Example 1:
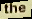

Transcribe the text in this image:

the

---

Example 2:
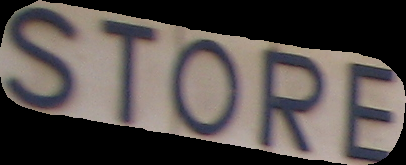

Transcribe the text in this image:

STORE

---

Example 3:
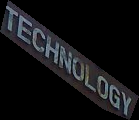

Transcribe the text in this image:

TECHNOLOGY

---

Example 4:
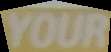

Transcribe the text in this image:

YOUR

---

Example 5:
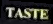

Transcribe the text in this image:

TASTE